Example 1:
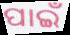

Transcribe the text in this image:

ପାଇଁ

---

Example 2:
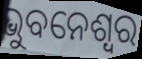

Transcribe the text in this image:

ଭୁବନେଶ୍ବର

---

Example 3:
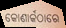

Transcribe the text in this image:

କୋଣାର୍କଠାରେ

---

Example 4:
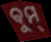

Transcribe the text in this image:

ଚୁମ୍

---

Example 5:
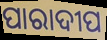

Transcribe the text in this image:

ପାରାଦୀପ